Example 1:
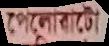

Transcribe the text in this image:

পেলোৱাটো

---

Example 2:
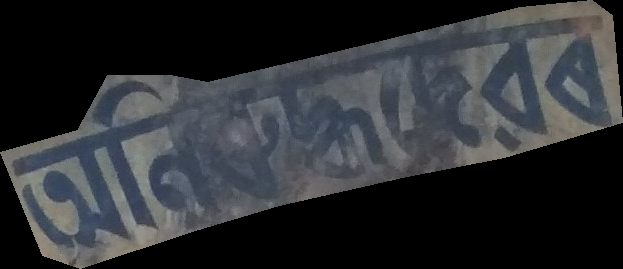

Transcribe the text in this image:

অনিরুদ্ধদেৱৰ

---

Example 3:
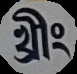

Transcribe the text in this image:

খ্রীং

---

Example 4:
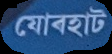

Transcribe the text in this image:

যোৰহাট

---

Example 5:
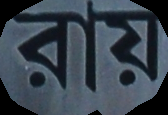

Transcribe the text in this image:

রায়